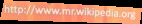
http://www.mr.wikipedia.org